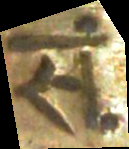
सं.